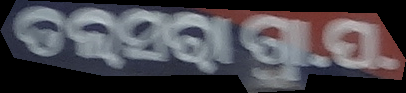
ତକସରା ଗ୍ରା.ପ.